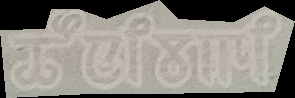
ꯊꯧꯅꯤꯕꯒꯤ